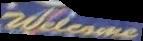
Welcome